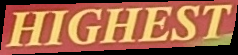
HIGHEST